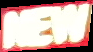
NEW